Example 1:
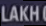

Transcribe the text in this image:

LAKH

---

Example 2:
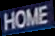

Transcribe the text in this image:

HOME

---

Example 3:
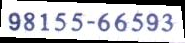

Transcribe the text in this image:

98155-66593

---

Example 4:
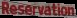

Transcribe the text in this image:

Reservation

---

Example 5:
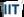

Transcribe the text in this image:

IIT